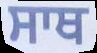
ਸਾਥ